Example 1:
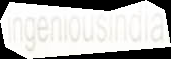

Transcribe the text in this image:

ingeniousindia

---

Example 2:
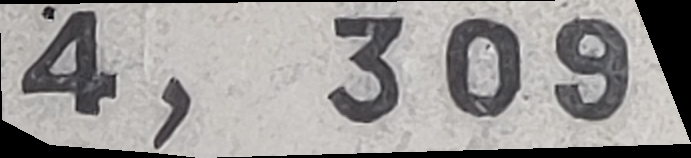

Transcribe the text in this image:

4,309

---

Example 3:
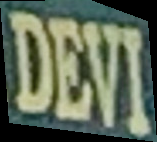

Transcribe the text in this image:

DEVI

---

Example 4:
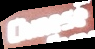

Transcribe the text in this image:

Chinese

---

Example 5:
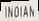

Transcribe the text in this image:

INDIAN